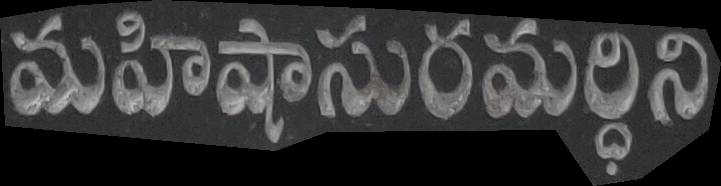
మహిషాసురమర్థిని